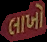
લાખો